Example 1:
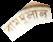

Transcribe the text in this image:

রাম দুলাল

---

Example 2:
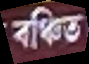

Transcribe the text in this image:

বঞ্চিত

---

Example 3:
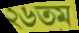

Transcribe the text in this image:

২৬তম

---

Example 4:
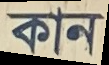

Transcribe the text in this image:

কান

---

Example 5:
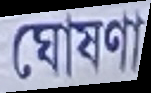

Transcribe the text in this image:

ঘোষণা